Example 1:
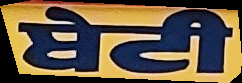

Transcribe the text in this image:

ਬੇਟੀ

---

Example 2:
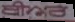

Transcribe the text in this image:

ਬੀਅਰ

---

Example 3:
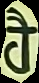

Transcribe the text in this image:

ਹੈ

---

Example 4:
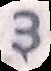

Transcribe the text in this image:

੩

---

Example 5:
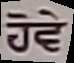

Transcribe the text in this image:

ਹੇਵੇ